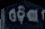
ଓଡ଼ିଶା